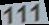
111